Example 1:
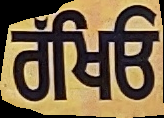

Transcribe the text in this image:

ਰੱਖਿਓ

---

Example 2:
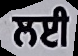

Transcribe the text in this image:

ਲਈ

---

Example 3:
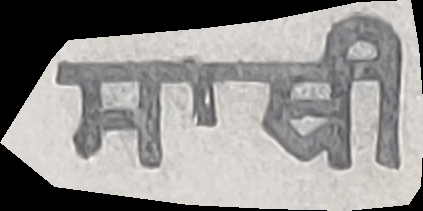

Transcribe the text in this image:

ਸਾਥੀ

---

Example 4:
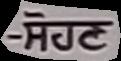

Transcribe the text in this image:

-ਸੋਹਣ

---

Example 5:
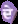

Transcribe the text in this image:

ਦੇ